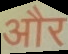
और